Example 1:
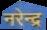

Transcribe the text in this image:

नरेन्द्र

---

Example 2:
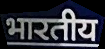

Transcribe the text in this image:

भारतीय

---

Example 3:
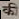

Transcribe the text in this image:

की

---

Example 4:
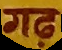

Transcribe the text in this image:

गढ़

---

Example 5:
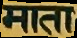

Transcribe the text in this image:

माता